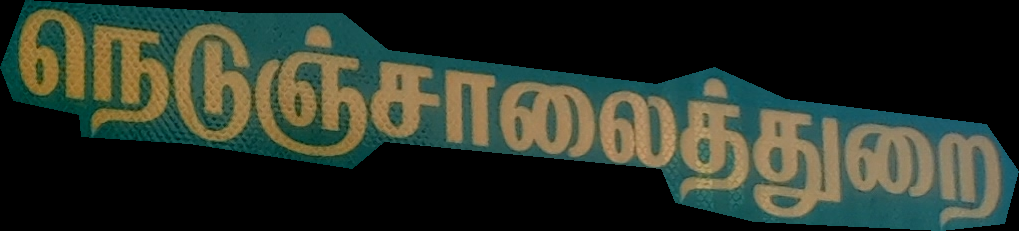
நெடுஞ்சாலைத்துறை